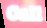
Call